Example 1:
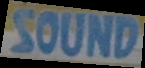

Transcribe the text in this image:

SOUND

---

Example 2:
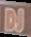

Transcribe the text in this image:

DJ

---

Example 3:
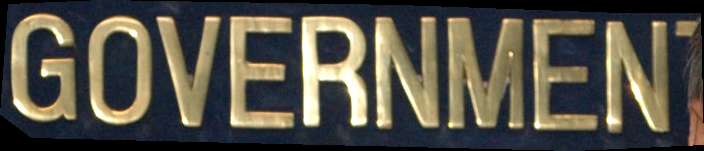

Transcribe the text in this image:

GOVERNMENT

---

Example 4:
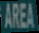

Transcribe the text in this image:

AREA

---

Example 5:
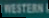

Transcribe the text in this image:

WESTERN